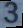
3